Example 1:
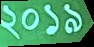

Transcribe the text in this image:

২০১৯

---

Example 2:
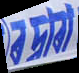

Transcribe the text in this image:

ৰ দ্বাৰা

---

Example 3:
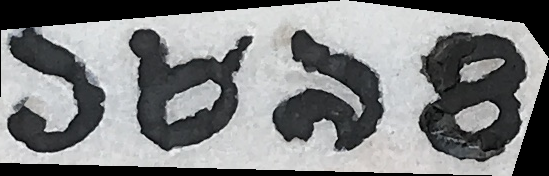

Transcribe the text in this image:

১৮৯৪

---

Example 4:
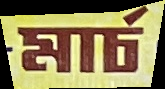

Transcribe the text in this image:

মার্চ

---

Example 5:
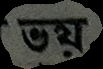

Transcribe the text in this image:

ভয়